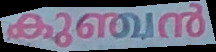
കുഞ്ചൻ